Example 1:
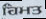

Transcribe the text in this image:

ਹਿਮਤ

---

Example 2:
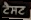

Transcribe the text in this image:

ਟੈਸਟ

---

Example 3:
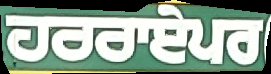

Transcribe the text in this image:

ਹਰਰਾਏਪਰ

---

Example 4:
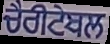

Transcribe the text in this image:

ਚੈਰੀਟੇਬਲ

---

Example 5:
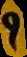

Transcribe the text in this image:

੧